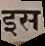
इस